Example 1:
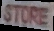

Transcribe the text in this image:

STORE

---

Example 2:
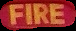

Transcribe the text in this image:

FIRE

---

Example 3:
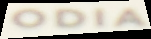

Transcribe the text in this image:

ODIA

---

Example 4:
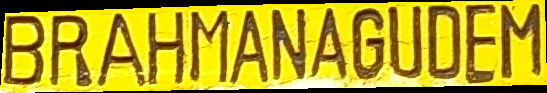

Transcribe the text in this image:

BRAHMANAGUDEM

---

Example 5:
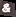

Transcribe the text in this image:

&